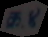
क्र.४